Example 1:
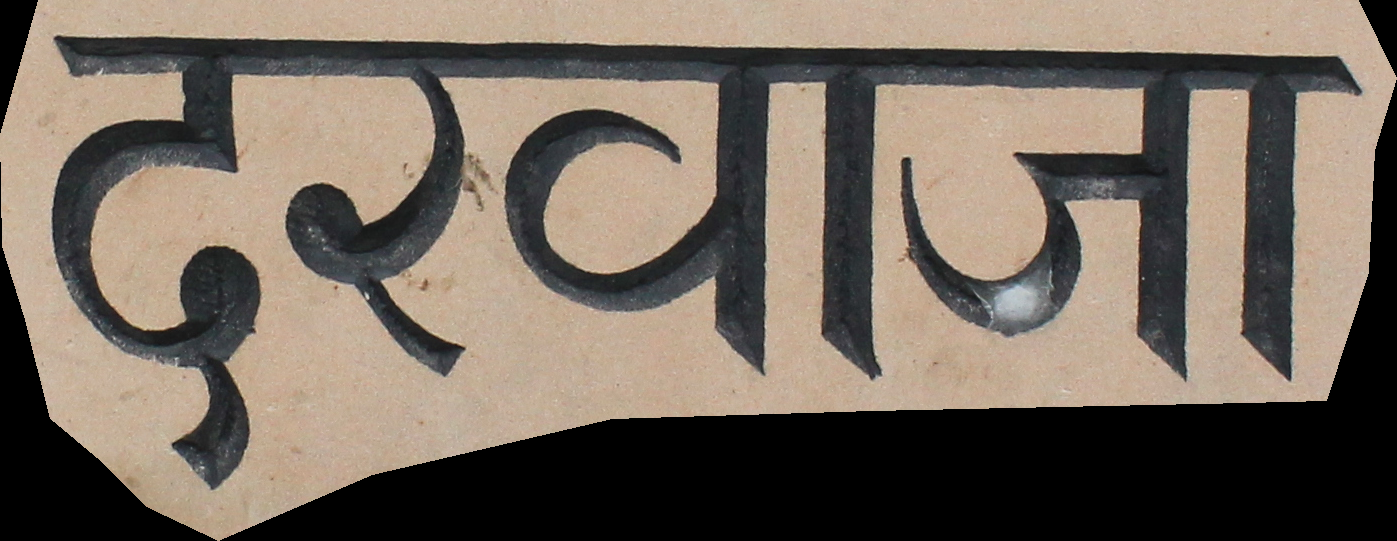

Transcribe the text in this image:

दरवाजा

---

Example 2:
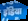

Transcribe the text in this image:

इंडिया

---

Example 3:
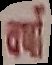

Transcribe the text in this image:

वर्षों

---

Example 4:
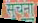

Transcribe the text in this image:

सुचना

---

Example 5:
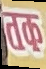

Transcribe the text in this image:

तक